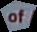
of